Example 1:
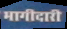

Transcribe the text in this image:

भागीदारी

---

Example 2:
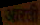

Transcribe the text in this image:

आरती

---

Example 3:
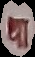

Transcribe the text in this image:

था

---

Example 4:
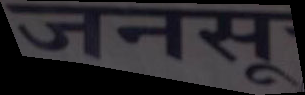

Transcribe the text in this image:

जनसू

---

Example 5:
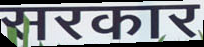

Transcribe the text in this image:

सरकार